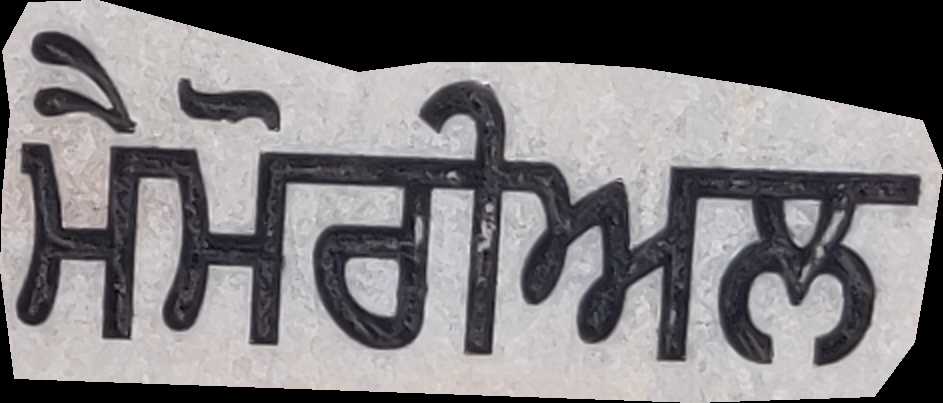
ਮੈਮੋਰੀਅਲ